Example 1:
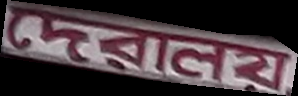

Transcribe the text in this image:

দেৱালয়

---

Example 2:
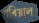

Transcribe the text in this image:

পৰিয়াল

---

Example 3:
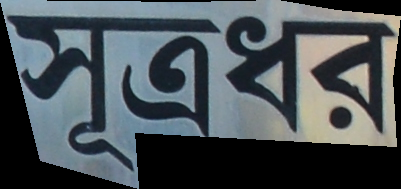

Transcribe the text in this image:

সূত্রধর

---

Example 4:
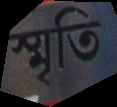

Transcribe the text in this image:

স্মৃতি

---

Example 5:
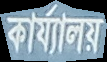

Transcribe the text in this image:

কাৰ্য্যালয়